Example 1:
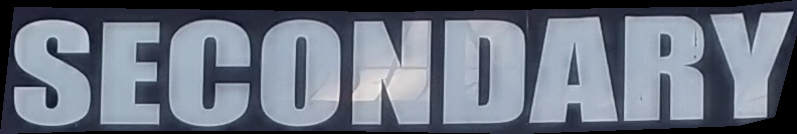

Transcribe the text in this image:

SECONDARY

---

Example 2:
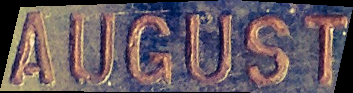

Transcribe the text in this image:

AUGUST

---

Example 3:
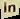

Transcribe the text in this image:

in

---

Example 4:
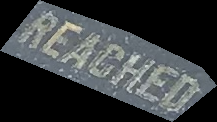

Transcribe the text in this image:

REACHED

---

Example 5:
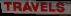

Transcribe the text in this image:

TRAVELS